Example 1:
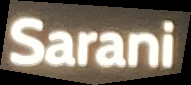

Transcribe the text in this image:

Sarani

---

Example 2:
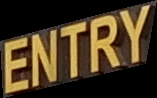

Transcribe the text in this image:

ENTRY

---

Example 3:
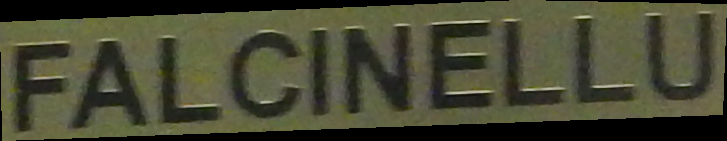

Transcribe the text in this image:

FALCINELLU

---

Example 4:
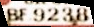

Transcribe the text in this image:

BF9238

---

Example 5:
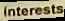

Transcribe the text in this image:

interests